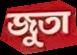
জুতা